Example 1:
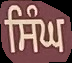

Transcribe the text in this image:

ਸਿੰਘ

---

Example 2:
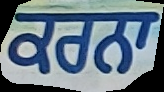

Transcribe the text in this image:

ਕਰਨਾ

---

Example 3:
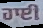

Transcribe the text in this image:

ਹਾਈ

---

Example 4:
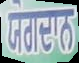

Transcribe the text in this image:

ਯੋਗਦਾਨ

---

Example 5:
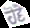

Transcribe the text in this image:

ਹੋਵੇ